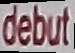
debut